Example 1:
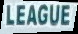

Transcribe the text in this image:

LEAGUE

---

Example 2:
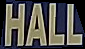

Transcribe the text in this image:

HALL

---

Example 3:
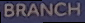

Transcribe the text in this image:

BRANCH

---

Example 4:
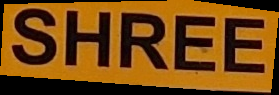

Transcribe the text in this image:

SHREE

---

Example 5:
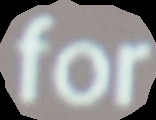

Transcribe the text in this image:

for